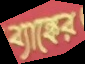
ব্যাঙ্কের